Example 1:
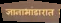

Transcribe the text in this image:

ज्ञानाभांडारात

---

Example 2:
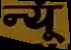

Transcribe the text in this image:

न्यू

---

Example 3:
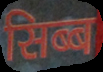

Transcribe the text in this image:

सिब्ब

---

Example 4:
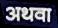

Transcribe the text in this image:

अथवा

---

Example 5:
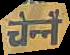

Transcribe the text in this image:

चेन्नै